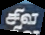
சிவ